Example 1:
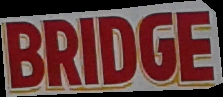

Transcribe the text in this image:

BRIDGE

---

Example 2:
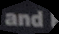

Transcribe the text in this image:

and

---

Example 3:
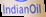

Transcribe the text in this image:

IndianOil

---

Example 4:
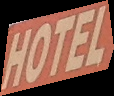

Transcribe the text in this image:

HOTEL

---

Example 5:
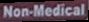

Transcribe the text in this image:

Non-Medical